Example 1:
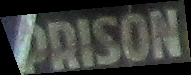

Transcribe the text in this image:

PRISON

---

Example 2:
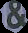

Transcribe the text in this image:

&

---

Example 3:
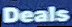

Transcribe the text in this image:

Deals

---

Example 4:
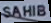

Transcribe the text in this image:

SAHIB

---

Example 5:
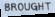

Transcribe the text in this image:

BROUGHT